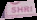
SHRI